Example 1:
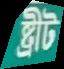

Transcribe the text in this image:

ষ্ট্রীট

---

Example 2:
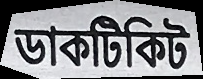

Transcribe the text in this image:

ডাকটিকিট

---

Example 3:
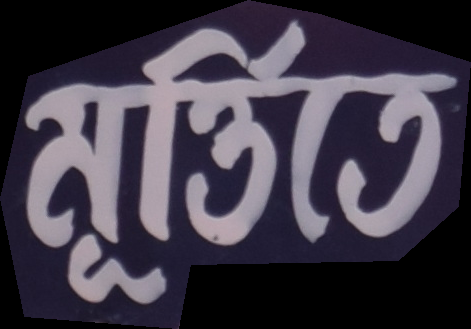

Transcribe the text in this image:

মূর্তিতে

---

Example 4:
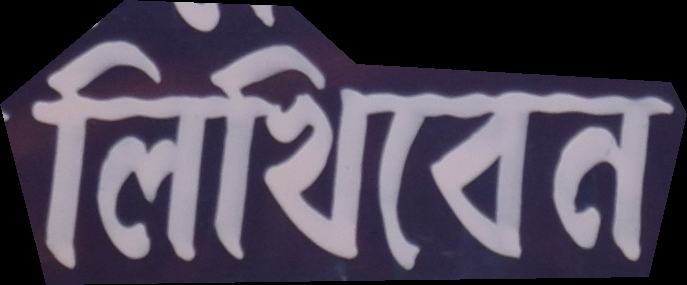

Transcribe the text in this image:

লিখিবেন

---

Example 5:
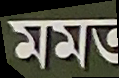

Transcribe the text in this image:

মমত